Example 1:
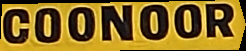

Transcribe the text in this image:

COONOOR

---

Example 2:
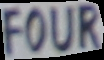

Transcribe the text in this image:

FOUR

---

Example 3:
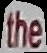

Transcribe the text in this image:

the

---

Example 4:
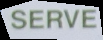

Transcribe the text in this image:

SERVE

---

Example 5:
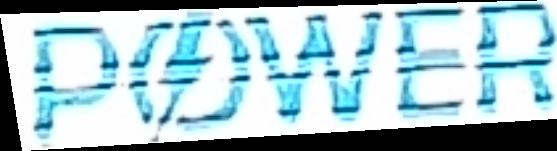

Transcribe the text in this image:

POWER